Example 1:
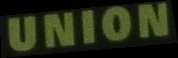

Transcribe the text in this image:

UNION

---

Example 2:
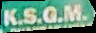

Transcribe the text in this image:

K.S.G.M.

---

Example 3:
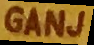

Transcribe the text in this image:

GANJ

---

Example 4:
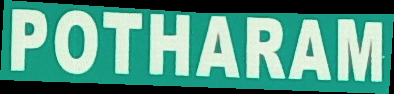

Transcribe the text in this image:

POTHARAM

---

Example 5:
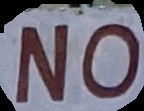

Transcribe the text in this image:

NO